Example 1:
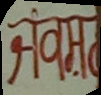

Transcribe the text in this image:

ਜੰਕਸ਼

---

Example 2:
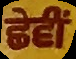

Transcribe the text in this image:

ਛੇਵੀਂ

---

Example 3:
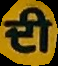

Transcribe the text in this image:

ਦੀ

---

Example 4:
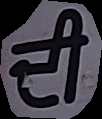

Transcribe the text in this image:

ਦੀ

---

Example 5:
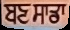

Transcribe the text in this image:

ਬਣਸਾਡਾ